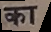
का